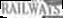
RAILWAYS